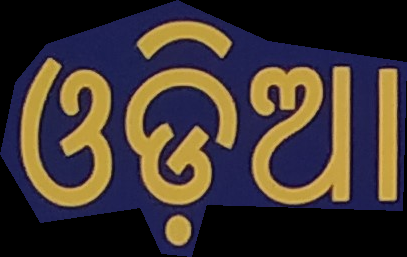
ଓଡ଼ିଆ